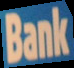
Bank